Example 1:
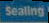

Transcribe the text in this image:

Sealing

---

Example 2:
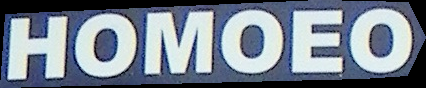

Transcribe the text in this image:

HOMOEO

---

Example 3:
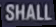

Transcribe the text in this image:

SHALL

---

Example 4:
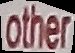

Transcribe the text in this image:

other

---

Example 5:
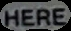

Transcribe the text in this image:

HERE